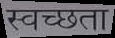
स्वच्छता